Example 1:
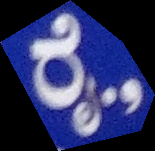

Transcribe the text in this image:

ರೈ.,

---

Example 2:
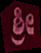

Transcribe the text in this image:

ಶ್ರೀ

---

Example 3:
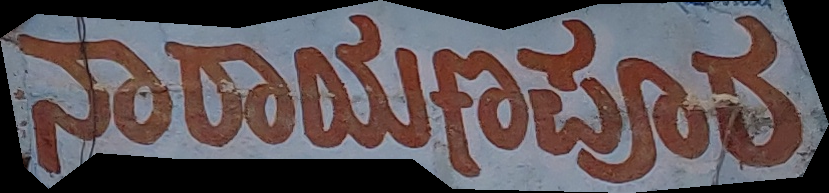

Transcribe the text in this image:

ನಾಶಾಋಣಪೂರ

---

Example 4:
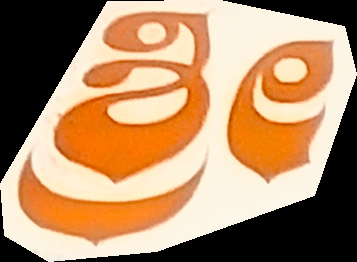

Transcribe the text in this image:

ಶ್ರೀ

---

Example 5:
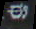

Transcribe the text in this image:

ಈ